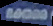
ഭക്തരെ